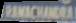
RAMACHANDRA